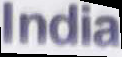
India